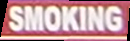
SMOKING